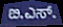
ಬಿ.ಎಸ್.